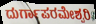
ದುರ್ಗಾಪರಮೇಶ್ವರಿ